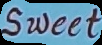
Sweet